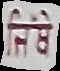
ਜਿੱਥੇ